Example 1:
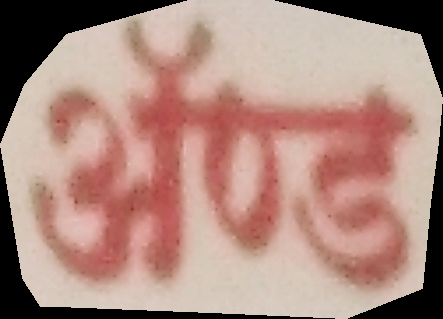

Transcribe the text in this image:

ॲण्ड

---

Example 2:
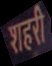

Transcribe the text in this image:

शहरी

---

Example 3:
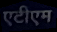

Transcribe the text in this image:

एटीएम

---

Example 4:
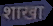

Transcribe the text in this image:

शाखा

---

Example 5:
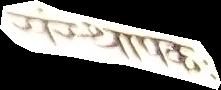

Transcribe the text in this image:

संस्थापक: